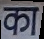
का